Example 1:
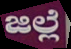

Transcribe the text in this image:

ಜಲ್ಲೆ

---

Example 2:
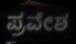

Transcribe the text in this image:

ಪ್ರವೇಶ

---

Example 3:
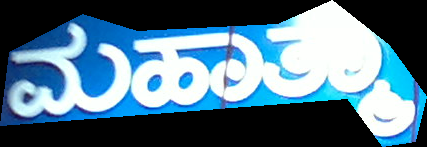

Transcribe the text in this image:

ಮಹಾ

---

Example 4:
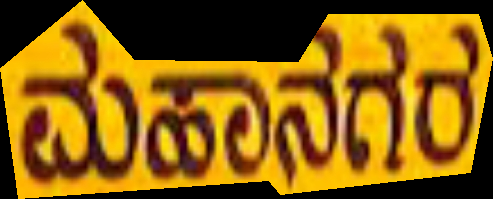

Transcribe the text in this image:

ಮಹಾನಗರ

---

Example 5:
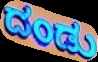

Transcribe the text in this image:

ದ0ಡು